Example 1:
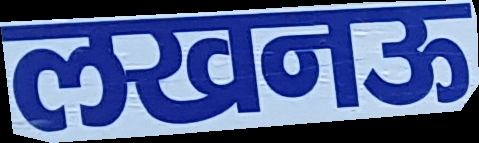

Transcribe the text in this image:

लखनऊ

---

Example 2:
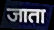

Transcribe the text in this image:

जाता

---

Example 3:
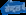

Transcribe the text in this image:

सेन्ट्रल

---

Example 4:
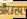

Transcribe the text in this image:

और उत्तर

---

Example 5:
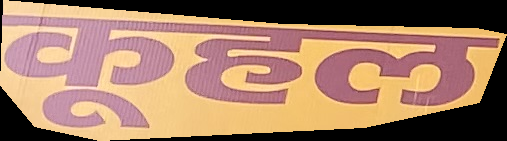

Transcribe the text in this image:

कूहल